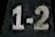
1-2